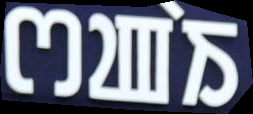
ꯁꯉꯥꯏ